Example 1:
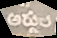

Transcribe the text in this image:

అర్గల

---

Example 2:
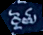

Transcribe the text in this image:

రైతు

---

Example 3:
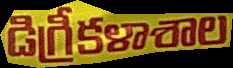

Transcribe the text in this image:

డిగ్రీకళాశాల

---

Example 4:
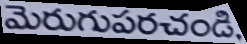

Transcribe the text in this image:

మెరుగుపరచండి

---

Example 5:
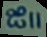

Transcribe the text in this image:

జి॥